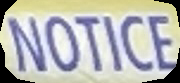
NOTICE